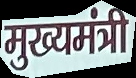
मुख्यमंत्री